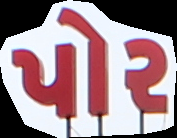
પોર